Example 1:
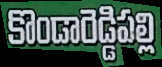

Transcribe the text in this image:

కొండారెడ్డిపల్లి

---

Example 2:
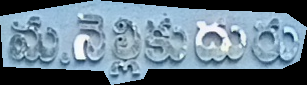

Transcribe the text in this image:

మా. నెల్లికుదురు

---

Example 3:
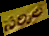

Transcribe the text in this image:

సర్పిల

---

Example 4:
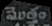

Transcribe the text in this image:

మొత్తం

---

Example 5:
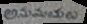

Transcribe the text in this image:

అనుమతుట